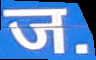
ज.